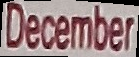
December